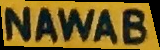
NAWAB